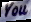
You